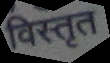
विस्तृत